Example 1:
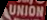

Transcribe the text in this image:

UNION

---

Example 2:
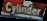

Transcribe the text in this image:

Cylinder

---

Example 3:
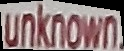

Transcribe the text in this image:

unknown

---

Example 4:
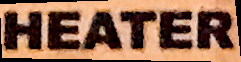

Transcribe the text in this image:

HEATER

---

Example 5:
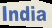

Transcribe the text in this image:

India